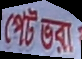
পেট ভরা